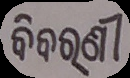
ବିବରଣା